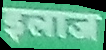
इलाज